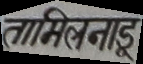
तामिलनाडू